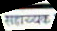
सहाय्यक